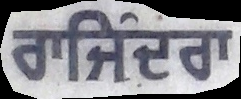
ਰਾਜਿਦਰਾ